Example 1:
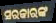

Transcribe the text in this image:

ସରକାରଙ୍କ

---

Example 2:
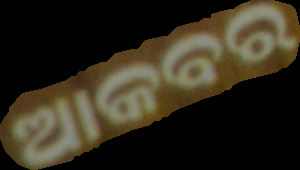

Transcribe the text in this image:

ଆକବର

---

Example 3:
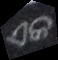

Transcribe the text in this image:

ଏକ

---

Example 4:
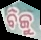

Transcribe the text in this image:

ବିଳୁ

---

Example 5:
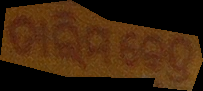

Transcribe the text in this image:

ତାଲିମ ତେତ୍ର